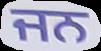
ਜਨ